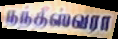
நந்தீஸ்வரா